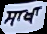
ਸਾਖਾ